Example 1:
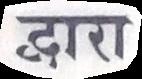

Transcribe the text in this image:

द्वारा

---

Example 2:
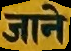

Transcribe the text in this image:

जाने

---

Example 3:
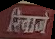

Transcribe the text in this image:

रिचार्ज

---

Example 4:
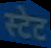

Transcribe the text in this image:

स्टेट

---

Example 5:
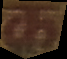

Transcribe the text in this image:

क